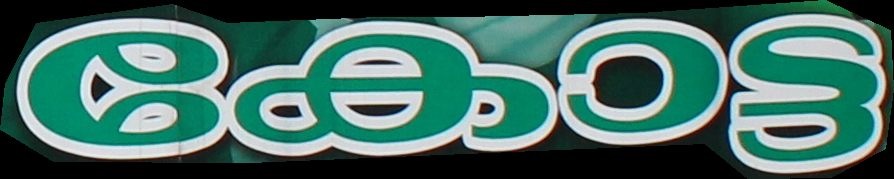
കോട്ട